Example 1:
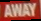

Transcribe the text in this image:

AWAY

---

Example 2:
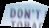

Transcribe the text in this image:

DON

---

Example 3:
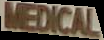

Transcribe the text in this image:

MEDICAL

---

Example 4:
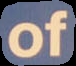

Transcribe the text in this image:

of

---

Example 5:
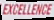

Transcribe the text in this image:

EXCELLENCE